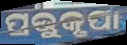
ପ୍ରସ୍ତୁକୃପା